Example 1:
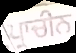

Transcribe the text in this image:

ਪ੍ਰਾਚੀਨ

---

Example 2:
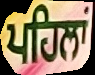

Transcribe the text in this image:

ਪਹਿਲਾਂ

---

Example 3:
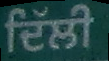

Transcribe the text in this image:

ਦਿੱਲੀ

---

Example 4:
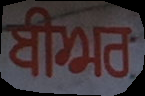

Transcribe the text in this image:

ਬੀਅਰ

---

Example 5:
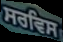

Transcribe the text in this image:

ਸਰਵਿਸ